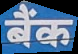
बैंक